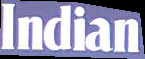
Indian